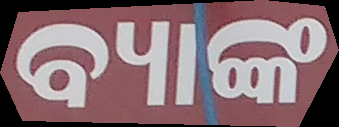
ବ୍ୟାଙ୍କ